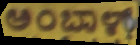
ಅಂಬಾಳ್